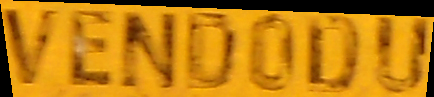
VENDODU